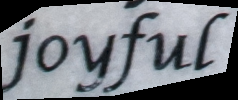
joyful